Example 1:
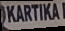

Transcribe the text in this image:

KARTIKA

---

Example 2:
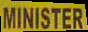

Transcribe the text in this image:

MINISTER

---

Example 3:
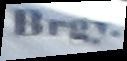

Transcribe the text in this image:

Brgy-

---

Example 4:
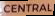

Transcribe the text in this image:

CENTRAL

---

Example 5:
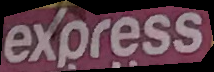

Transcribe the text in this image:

express